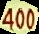
400